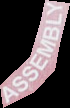
ASSEMBLY